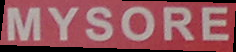
MYSORE